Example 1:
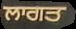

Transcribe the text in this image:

ਲਾਗਤ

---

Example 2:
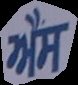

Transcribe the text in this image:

ਐਂਸ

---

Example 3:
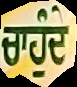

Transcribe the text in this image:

ਚਾਹੁੰਦੇ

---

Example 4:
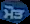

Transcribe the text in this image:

ਮੇਤ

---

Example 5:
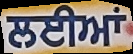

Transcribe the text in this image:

ਲਈਆਂ